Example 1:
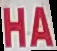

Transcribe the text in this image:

HA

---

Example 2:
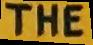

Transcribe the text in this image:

THE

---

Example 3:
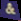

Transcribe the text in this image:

&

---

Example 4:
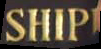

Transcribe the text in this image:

SHIP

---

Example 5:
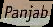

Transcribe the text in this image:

Panjab